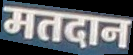
मतदान